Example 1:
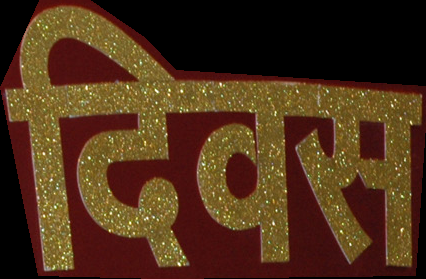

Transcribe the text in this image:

दिवस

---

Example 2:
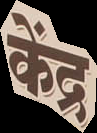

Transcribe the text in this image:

कें‍द्र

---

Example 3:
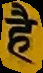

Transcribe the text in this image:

है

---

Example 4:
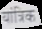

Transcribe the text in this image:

यांत्रिक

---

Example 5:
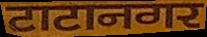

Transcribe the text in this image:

टाटानगर